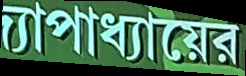
দ্যাপাধ্যায়ে